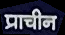
प्राचीन